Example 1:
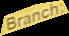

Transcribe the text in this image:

Branch:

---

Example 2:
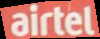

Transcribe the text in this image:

airtel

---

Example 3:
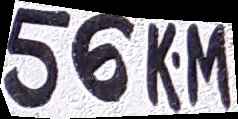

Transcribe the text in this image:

56KM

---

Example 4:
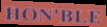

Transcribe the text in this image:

HON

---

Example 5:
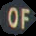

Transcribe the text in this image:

OF